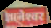
क्षानेश्वर